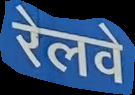
रेलवे